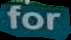
for